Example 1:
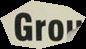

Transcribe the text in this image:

Gro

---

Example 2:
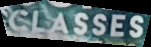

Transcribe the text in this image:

CLASSES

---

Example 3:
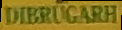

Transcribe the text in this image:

DIBRUGARH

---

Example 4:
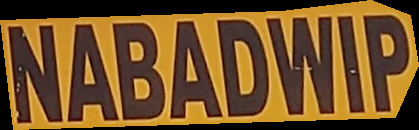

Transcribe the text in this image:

NABADWIP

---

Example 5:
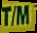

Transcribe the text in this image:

T/M